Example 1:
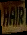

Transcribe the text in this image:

HAIR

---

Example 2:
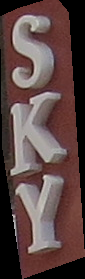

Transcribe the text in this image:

SKY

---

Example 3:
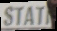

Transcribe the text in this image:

STAT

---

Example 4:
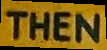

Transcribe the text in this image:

THEN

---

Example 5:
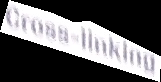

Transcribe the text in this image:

Cross-linking